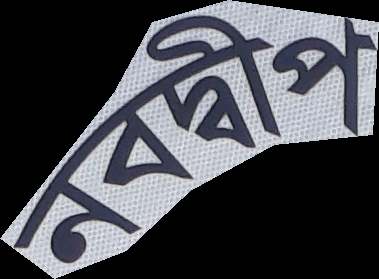
নবদ্বীপ